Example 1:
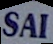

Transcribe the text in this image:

SAI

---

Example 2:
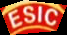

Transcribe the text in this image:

ESIC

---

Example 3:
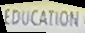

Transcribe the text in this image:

EDUCATION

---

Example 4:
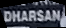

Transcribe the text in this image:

DHARSAN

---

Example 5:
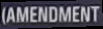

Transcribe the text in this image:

(AMENDMENT